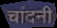
चांदनी